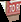
TO R